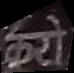
करो